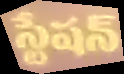
స్టేషన్